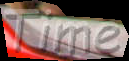
Time